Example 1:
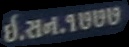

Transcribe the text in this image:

ઇ.સન.૧૭૭૭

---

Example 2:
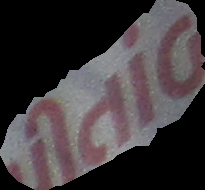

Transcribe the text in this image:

પીતાંબ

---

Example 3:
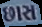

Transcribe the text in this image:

છાસ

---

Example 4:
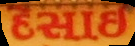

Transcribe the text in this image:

હેસાઈ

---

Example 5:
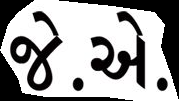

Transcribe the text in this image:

જે.એ.